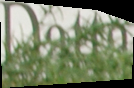
Datto